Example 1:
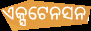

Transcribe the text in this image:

ଏକ୍ସଟେନସନ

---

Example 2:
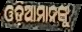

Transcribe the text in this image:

ଓଡ଼ିଆମାନଙ୍କୁ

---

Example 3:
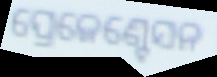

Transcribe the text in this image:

ପ୍ରେଜେଣ୍ଟେସନ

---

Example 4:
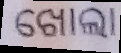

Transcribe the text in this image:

ଖୋଲା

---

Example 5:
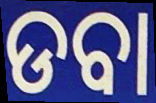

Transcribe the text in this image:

ଡବା